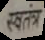
स्वतंत्र